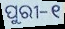
ପୁରୀ-୧